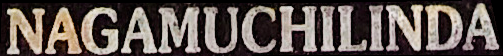
NAGAMUCHILINDA